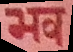
भव